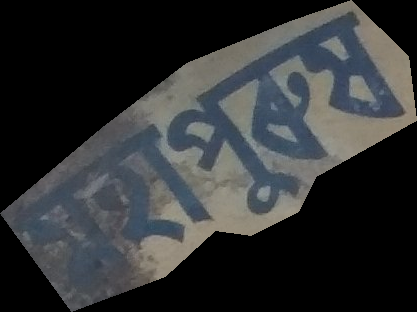
মহাপুৰুষ